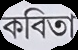
কবিতা